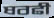
ਥਰਛੀ